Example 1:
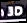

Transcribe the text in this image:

3D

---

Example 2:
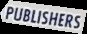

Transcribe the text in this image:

PUBLISHERS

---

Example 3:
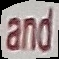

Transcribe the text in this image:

and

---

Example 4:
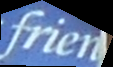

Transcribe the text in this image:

frien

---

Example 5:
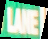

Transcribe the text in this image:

LANE